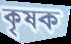
কৃষক